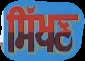
ਸਿੱਖਣ